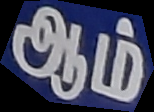
ஆம்